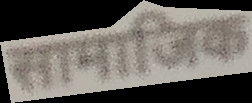
सामाजिक